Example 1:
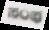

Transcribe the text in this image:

ಸಂಘ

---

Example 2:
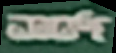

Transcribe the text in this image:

ವಾಡ್೯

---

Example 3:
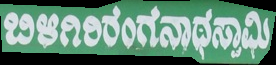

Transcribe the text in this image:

ಬಿಳಿಗಿರಿರಂಗನಾಥಸ್ವಾಮಿ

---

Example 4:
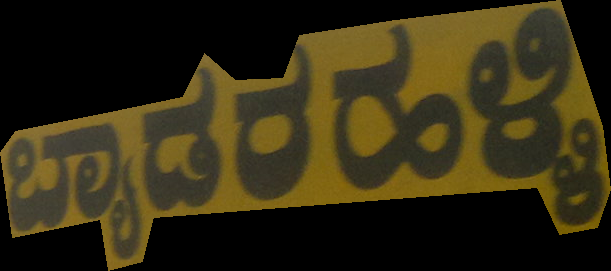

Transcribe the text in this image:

ಬ್ಯಾಡರ ಹಳ್ಳಿ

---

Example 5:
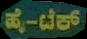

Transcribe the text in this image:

ಹೈ-ಟೆಕ್